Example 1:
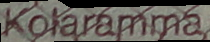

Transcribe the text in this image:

Kolaramma,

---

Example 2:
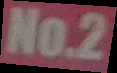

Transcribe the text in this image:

No.2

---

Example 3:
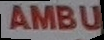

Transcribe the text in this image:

AMBU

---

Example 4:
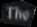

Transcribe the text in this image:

The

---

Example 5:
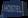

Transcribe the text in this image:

HOSTEL